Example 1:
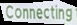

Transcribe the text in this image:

Connecting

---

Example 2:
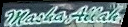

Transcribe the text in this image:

MashaAllah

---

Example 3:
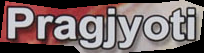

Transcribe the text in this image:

Pragjyoti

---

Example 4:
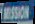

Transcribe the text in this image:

MISSION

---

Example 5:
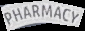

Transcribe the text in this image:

PHARMACY